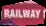
RAILWAY